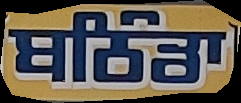
ਬਠਿੰਡਾ